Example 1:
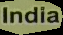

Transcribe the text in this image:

India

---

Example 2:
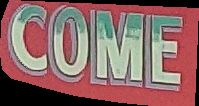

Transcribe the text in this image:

COME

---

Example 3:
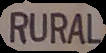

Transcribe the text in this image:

RURAL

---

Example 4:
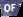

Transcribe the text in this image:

OF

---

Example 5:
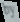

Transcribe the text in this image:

by